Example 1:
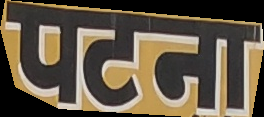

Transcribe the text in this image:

पटना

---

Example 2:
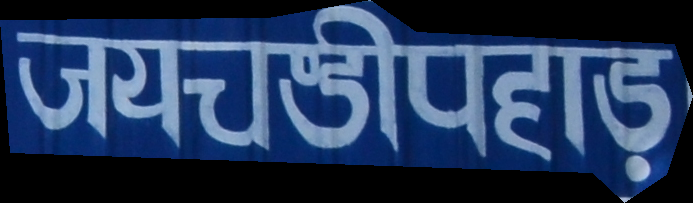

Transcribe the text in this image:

जयचण्डीपहाड़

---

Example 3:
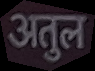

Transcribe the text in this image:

अतुल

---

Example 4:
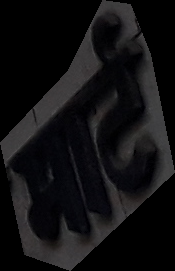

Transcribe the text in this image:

मार्ट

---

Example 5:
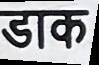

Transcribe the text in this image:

डाक